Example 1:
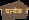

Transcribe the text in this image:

प्रत्येक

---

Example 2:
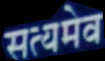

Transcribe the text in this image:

सत्यमेव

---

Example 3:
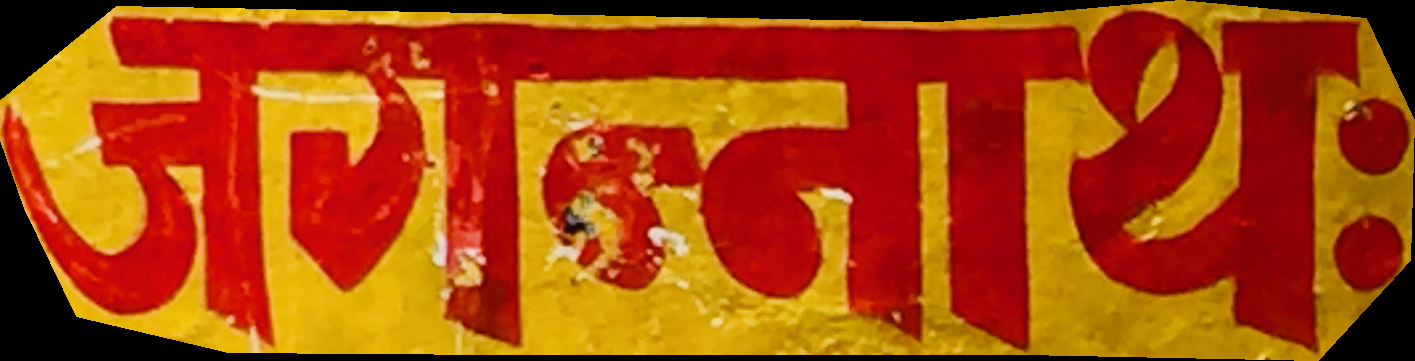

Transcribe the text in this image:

जगन्नाथः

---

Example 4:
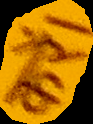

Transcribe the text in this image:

करें ।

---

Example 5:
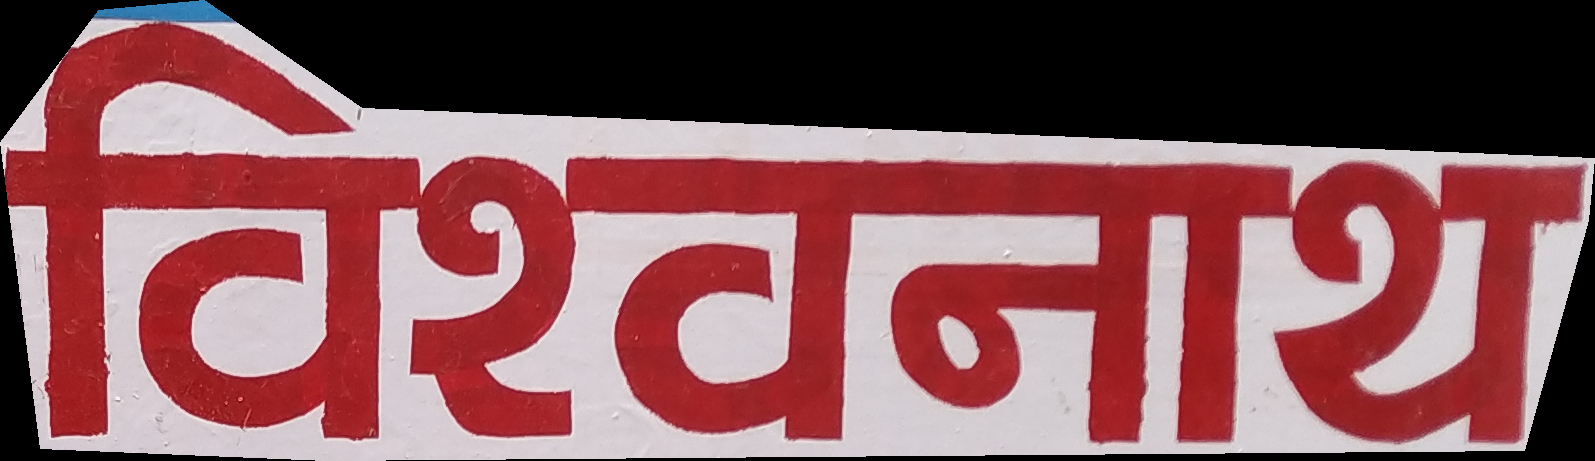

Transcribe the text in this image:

विश्वनाथ